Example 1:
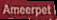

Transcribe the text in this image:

Ameerpet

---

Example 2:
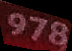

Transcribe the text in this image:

978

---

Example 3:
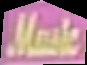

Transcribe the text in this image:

Music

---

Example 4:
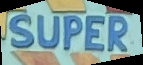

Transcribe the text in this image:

SUPER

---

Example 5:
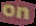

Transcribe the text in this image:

on